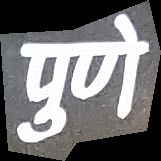
पुणे